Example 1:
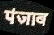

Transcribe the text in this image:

पंजाब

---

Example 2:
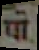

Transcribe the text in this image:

पो.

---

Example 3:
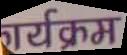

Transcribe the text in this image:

कार्यक्रम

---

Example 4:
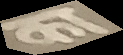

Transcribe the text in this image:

का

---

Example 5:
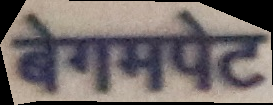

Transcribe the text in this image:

बेगमपेट